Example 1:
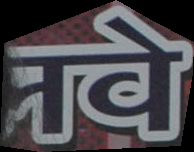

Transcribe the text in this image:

लवे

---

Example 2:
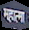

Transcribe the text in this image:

महात्मा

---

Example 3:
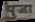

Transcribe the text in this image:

पुजा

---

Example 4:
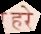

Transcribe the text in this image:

हरे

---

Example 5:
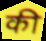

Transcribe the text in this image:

की